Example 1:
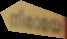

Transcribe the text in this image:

നീരാമയ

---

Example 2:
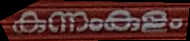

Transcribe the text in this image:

കുന്നംകുളം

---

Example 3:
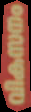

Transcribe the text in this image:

വികസനം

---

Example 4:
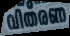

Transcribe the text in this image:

വിതരണ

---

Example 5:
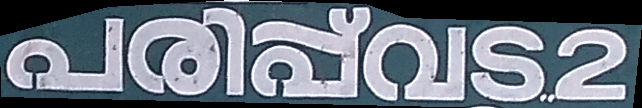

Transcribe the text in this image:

പരിപ്പ് വട 2